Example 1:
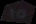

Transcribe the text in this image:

to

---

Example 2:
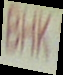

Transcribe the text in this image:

BHK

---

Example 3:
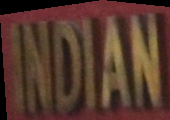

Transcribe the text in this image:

INDIAN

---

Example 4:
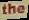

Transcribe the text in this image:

the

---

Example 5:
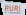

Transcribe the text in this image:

PURI